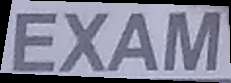
EXAM